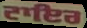
ਟਾਇਰ